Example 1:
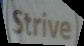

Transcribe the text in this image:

Strive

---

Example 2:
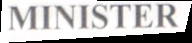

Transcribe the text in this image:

MINISTER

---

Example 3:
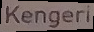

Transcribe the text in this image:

Kengeri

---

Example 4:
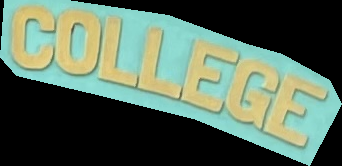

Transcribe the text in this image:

COLLEGE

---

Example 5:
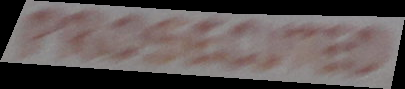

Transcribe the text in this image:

PROSECUTED